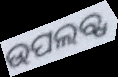
ଉପଲବ୍ଧ